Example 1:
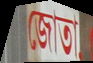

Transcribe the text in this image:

জোতা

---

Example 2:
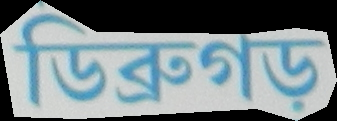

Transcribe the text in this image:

ডিব্ৰুগড়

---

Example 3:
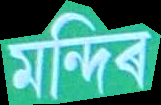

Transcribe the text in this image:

মন্দিৰ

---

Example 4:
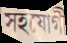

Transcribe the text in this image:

সহযোগী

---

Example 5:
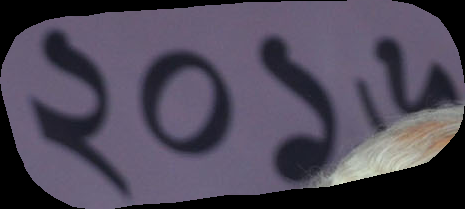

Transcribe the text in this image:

২০১৬